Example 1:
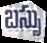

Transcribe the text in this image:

బస్సు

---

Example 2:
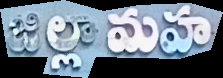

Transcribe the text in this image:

జిల్లా మహ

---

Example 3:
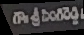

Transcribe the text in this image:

గౌ శ్రీ సింగరెడ్డి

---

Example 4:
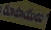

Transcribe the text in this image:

రూపాయలు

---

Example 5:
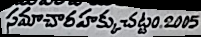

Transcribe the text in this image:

సమాచారహక్కుచట్టం 2005